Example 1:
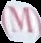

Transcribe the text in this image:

(M)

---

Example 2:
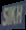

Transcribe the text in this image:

SIKH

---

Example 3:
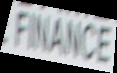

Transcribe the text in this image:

FINANCE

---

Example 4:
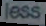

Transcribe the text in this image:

less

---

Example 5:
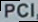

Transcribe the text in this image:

PCI